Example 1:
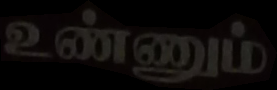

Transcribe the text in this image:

உண்ணும்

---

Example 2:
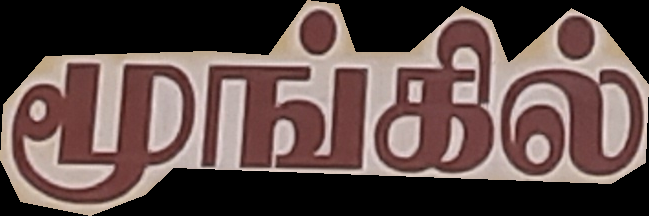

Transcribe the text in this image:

மூங்கில்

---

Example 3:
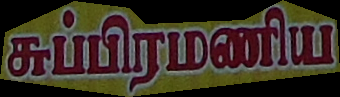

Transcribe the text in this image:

சுப்பிரமணிய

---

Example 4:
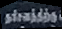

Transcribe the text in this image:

தரிசனத்திற்கு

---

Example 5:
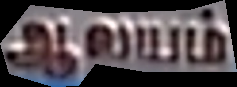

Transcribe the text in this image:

ஆலயம்